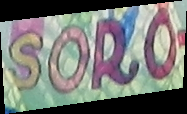
SORO